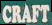
CRAFT